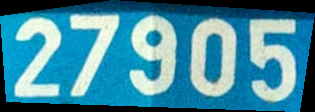
27905